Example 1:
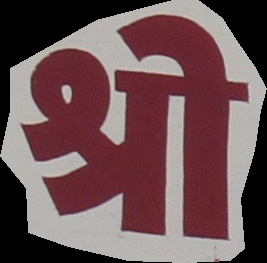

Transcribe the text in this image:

श्री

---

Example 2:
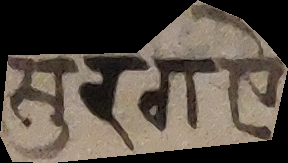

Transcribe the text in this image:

सुरगऐ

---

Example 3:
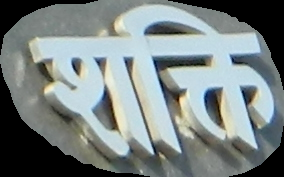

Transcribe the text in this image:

शक्ति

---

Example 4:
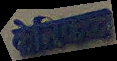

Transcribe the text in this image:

केमिकल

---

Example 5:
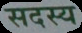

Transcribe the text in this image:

सदस्य